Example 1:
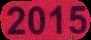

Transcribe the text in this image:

2015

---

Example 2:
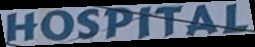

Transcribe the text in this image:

HOSPITAL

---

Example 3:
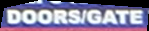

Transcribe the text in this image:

DOORS/GATE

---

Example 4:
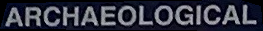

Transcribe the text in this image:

ARCHAEOLOGICAL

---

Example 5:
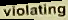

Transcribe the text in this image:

violating